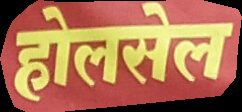
होलसेल